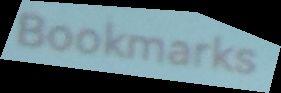
Bookmarks